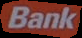
Bank